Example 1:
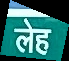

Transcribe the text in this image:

लेह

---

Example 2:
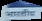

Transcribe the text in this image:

भारतीय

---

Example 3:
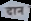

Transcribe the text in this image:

दान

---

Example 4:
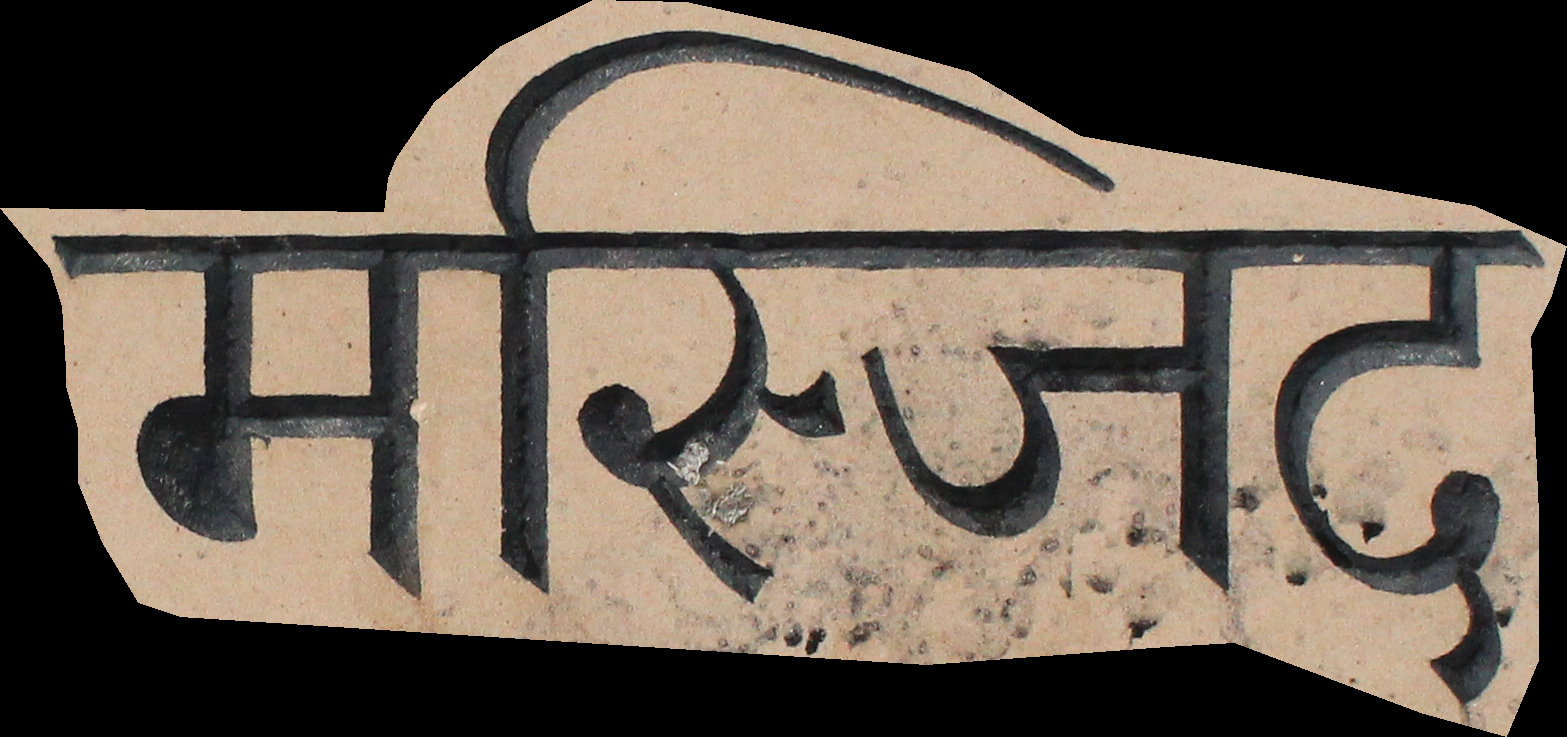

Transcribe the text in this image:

मस्जिद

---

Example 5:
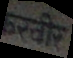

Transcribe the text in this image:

करवीर